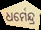
ଧର୍ମେନ୍ଦ୍ର